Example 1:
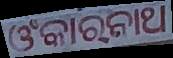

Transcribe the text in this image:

ଓ କାରଚାଥ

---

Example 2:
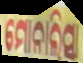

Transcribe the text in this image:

ମୋନାଲିସା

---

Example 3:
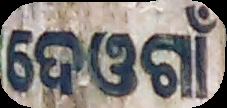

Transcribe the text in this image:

ଦେଓଗାଁ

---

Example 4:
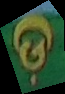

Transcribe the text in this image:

ଡ଼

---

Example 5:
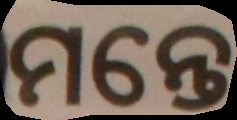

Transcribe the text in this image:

ମନ୍ତେ